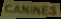
CANINES